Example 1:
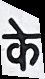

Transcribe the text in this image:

के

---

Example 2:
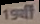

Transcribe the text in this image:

19वीं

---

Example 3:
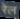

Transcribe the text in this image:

रेल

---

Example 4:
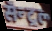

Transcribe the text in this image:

सेन्ट्रल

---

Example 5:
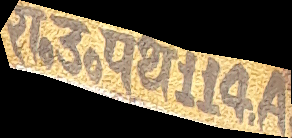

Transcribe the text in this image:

रा.उ.पथ 114.A